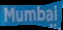
Mumbai